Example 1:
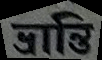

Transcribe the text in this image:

ভ্রান্তি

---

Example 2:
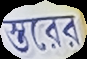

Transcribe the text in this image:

স্তরের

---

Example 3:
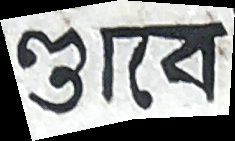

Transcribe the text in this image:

ণ্ডাবে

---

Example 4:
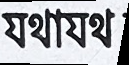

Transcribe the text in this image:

যথাযথ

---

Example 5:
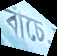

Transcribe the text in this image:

বাচে